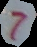
7